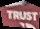
TRUST